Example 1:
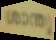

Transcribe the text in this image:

ശാന്തു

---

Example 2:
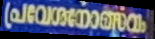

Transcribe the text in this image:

പ്രവേശനോത്സവം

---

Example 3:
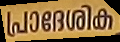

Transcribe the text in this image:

പ്രാദേശിക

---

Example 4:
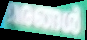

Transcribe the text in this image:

മരങ്ങൾ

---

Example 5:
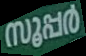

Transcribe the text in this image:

സൂപ്പർ